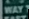
WAY